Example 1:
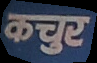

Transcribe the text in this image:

कचुर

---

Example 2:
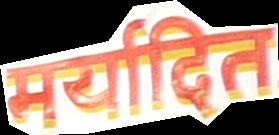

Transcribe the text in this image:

मर्यादित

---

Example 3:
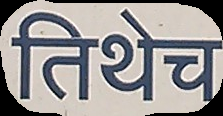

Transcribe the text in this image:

तिथेच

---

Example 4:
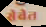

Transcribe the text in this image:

सेवेत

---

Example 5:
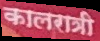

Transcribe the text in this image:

कालराञ